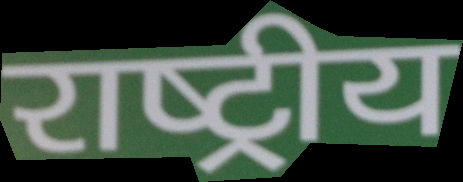
राष्ट्रीय